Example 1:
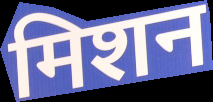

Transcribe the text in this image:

मिशन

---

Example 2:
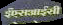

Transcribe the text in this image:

ईएसआईसी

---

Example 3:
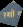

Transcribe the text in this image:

रखी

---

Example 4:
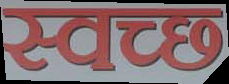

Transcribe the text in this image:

स्वच्छ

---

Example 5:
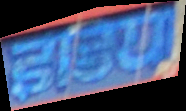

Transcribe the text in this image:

इंडिया